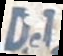
De1